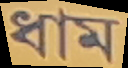
ধাম